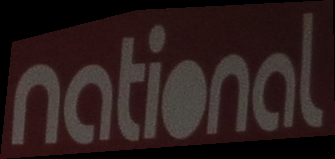
national